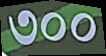
৩০০